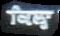
ਕਿਲ੍ਹਾ